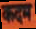
कदम